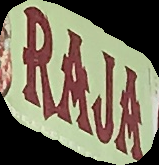
RAJA